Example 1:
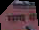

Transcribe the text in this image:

सत्य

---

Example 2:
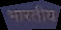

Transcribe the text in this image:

भारतीय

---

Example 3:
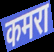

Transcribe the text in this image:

कमरा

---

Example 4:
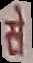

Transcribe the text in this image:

से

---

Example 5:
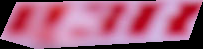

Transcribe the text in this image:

एअर